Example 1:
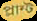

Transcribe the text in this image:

প্লান্ট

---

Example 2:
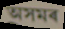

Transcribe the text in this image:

অসমৰ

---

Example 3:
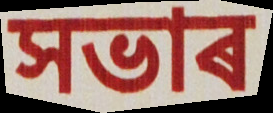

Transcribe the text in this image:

সভাৰ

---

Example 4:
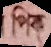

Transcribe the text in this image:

পিক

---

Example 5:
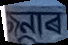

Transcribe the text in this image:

জনাৰ